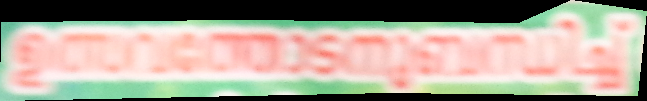
ഉത്സവത്തോടനുബന്ധിച്ച്